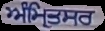
ਅੰਮ੍ਰਿਤਸਰ